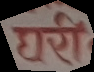
घरी